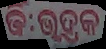
ଵି:ଭଦ୍ରକ